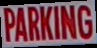
PARKING